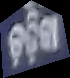
ଚ଼ଡ଼ିଶ